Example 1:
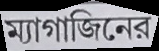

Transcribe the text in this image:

ম্যাগাজিনের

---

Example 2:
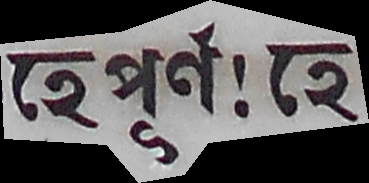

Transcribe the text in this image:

হে পূর্ণ! হে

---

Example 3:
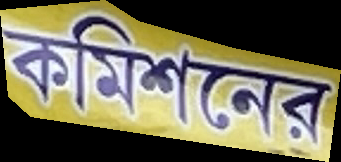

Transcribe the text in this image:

কমিশনের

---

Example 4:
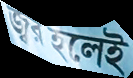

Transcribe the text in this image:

জ্বরহলেই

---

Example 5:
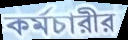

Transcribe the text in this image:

কর্মচারীর